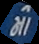
મી